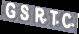
G.S.R.T.C.